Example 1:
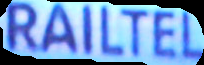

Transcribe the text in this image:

RAILTEL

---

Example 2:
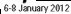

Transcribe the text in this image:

6-8January2012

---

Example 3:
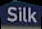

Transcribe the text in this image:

Silk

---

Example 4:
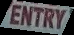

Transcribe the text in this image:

ENTRY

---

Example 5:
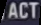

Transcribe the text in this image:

ACT